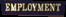
EMPLOYMENT